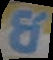
&